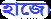
হাজে